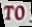
TO